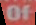
Of